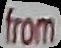
from